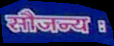
सौजन्यः